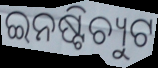
ଇନଷ୍ଟିଚ୍ୟୁଟ